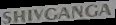
SHIVGANGA